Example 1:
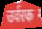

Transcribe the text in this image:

उर्वरक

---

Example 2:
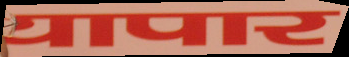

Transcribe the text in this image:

यापार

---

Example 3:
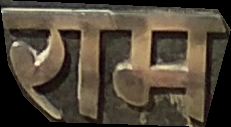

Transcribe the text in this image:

राम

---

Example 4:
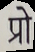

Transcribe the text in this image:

प्रो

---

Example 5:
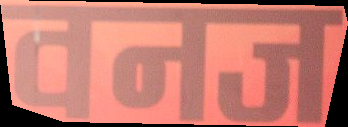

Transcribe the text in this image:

वनज